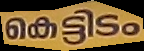
കെട്ടിടം